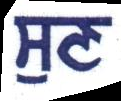
ਸੁਣ